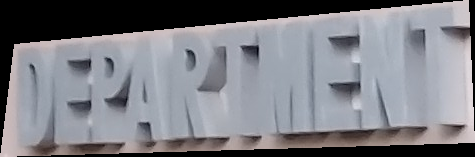
DEPARTMENT